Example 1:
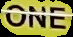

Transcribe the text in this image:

ONE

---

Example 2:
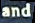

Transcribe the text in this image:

and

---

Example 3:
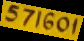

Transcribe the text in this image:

571601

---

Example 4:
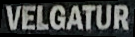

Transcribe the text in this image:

VELGATUR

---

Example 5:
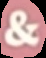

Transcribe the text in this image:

&